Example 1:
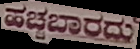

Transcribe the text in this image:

ಹಚ್ಚಬಾರದು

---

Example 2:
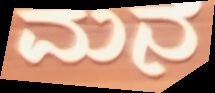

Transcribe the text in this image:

ಮನೆ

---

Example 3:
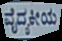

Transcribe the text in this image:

ವೈದ್ಯಕೀಯ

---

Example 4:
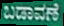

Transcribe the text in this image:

ಬಡಾವಣೆ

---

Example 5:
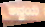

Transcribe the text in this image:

ಅನ್ವಯ